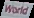
World